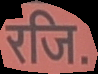
रजि.